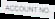
ACCOUNTNO